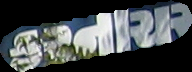
કરનાચર